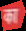
का